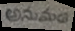
అనుమత